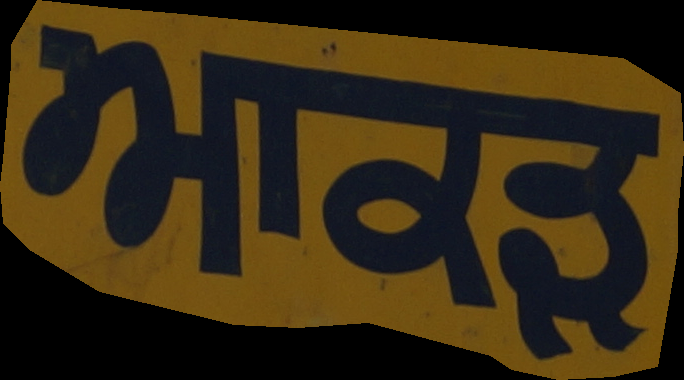
ਆਕੜ